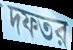
দফতর